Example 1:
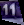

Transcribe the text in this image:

11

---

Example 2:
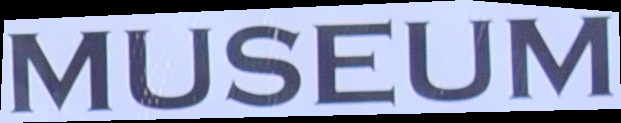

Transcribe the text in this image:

MUSEUM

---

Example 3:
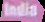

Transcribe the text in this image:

India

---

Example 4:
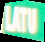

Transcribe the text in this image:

LATU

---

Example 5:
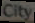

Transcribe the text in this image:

City